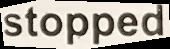
stopped